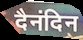
दैनंदिन